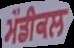
ਮੈਡੀਕਲ